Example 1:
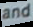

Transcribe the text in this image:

and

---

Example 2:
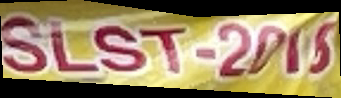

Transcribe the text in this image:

SLST-2015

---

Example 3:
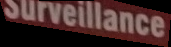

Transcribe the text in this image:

Surveillance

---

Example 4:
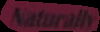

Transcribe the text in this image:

Naturally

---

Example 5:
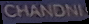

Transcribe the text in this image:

CHANDNI